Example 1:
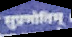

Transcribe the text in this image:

सुप्रणोतिभू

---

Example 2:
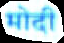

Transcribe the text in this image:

मोदी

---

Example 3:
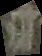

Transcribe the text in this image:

श्री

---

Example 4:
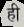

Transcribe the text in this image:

ही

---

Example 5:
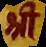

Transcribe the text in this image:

श्री